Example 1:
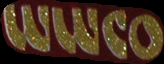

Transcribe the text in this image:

wwco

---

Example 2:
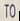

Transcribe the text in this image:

TO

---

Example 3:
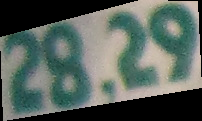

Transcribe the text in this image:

28.29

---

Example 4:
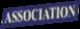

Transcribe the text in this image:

ASSOCIATION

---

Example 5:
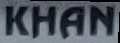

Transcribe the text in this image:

KHAN